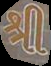
શ્રી